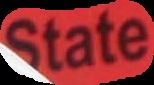
State